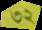
৩২